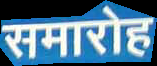
समारोह